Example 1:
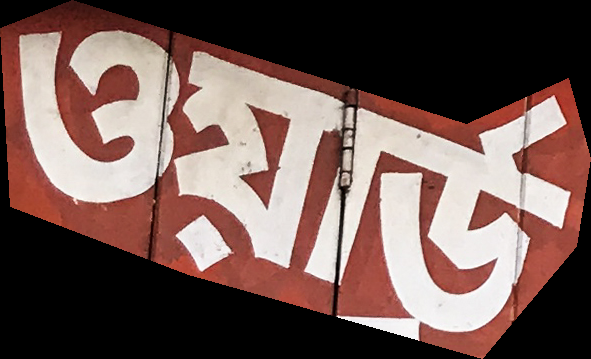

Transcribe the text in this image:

ওয়ার্ড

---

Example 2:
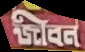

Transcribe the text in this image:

জীবন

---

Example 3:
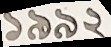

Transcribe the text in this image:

১৯৯২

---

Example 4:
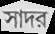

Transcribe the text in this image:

সাদর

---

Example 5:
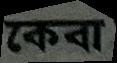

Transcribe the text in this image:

কেবা